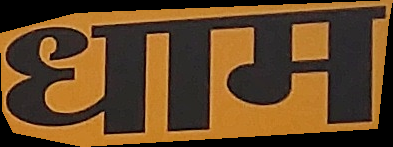
धाम